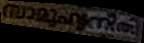
സാമൂഹ്യനിതി